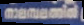
നാലമ്പലത്തിൽ